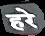
हरे